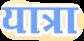
यात्रा